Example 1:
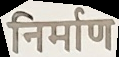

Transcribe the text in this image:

निर्माण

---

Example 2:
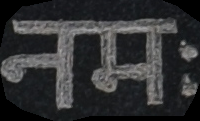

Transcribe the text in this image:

नमः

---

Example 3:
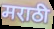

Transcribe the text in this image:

मराठी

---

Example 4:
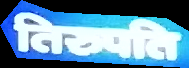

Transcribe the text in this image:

तिरूपति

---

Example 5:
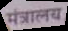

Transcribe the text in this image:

मंत्रालय